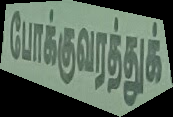
போக்குவரத்துக்